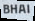
BHAI